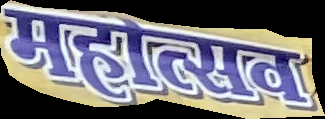
महोत्सव